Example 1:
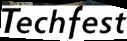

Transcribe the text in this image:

Techfest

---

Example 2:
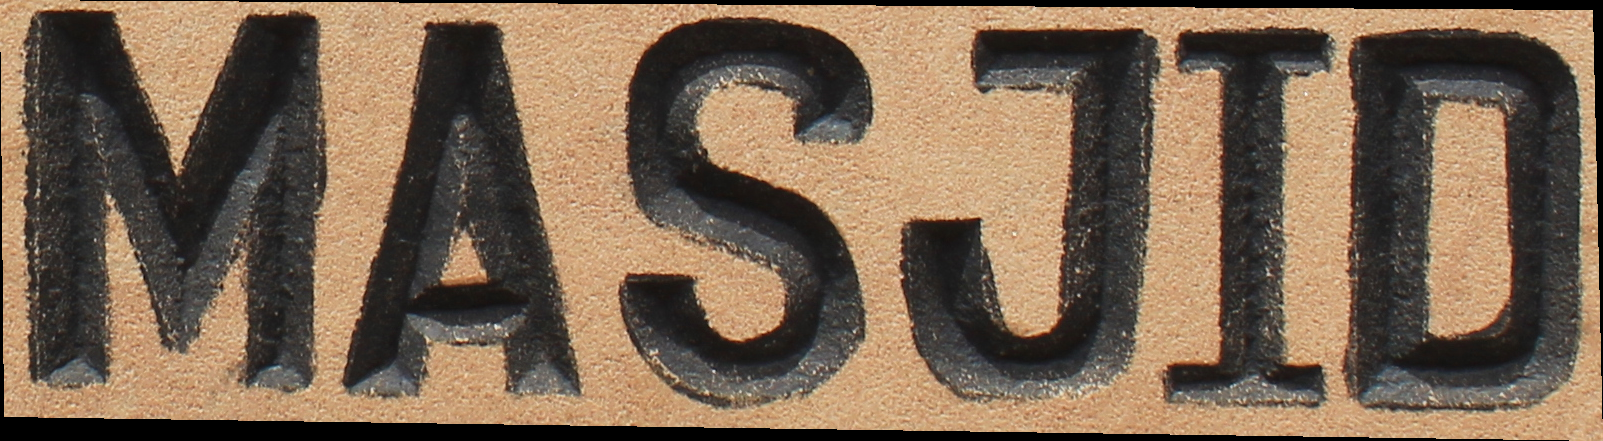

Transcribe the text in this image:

MASJID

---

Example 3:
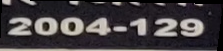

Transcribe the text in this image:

2004-129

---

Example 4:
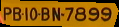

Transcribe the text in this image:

PB-10-BN-7899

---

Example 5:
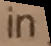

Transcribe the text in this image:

101